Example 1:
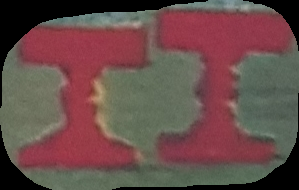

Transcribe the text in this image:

II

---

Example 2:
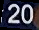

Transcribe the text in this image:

20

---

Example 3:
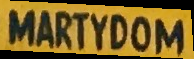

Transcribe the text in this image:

MARTYDOM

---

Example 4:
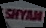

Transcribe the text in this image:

SHYAM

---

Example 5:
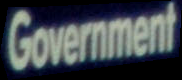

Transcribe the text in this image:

Government